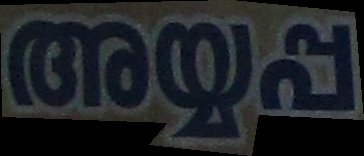
അയ്യപ്പ